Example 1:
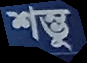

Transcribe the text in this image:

শম্ভু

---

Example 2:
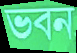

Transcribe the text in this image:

ভবন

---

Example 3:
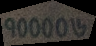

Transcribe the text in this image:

৭০০০০৬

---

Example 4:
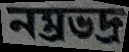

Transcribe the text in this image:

নম্রভদ্র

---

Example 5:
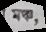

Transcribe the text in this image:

মঞ্চ,